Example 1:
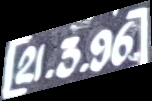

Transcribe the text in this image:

[21.3.96]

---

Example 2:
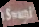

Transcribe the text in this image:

Swami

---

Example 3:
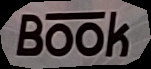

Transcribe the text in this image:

Book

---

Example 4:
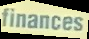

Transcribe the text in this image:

finances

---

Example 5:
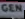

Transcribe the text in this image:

GEN